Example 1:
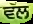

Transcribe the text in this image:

ਵੱਲ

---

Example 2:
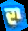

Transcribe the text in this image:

ਦਾ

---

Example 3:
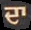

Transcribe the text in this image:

ਦਾ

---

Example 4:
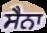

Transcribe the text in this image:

ਸੈਨਾ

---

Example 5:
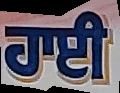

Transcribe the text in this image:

ਹਾਈ